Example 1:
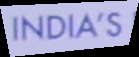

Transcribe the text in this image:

INDIA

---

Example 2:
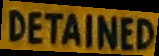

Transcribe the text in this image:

DETAINED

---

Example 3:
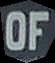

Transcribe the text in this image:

OF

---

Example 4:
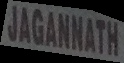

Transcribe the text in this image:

JAGANNATH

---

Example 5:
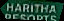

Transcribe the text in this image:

HARITHA RESORTS